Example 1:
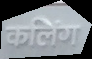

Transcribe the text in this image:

कलिंग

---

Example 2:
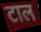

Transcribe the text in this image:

टाल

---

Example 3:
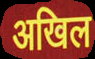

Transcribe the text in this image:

अखि‍ल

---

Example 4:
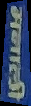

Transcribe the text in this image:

मनाली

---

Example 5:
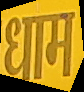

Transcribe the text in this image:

धाम